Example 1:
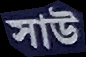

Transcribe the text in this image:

সাউ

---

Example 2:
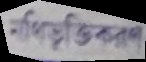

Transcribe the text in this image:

নথিভুক্তিকরণ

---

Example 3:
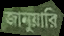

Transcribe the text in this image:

জানুয়ারি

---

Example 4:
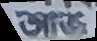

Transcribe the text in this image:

আজ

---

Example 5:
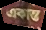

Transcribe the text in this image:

একান্ত